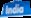
India